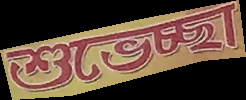
শুভেচ্ছা